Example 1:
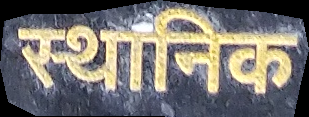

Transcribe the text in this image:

स्थानिक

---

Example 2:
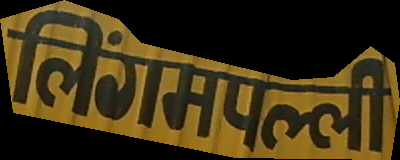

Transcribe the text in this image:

लिंगमपल्ली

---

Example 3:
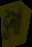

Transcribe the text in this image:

दुर्गा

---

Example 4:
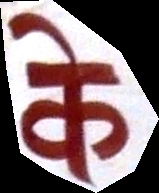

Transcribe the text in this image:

के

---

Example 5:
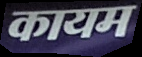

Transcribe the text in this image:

कायम